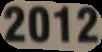
2012